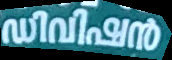
ഡിവിഷൻ